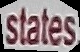
states